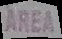
AREA